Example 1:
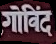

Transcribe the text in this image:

गोविंद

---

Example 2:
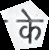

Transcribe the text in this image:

के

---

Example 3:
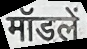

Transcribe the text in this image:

मॉडलें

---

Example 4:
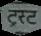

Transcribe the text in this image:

ट्रस्ट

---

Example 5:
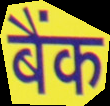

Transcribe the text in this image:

बैंक